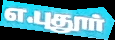
எ.புதூா்